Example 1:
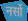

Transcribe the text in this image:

नर्सो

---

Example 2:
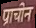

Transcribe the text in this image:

प्राचीन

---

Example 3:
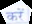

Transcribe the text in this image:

करें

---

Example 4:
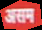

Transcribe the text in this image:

असम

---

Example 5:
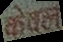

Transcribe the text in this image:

केवल